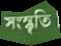
সংস্কৃতি